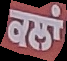
ਕਲਾਂ